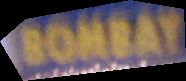
BOMBAY